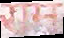
राम